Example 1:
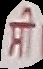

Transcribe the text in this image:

ਸੀ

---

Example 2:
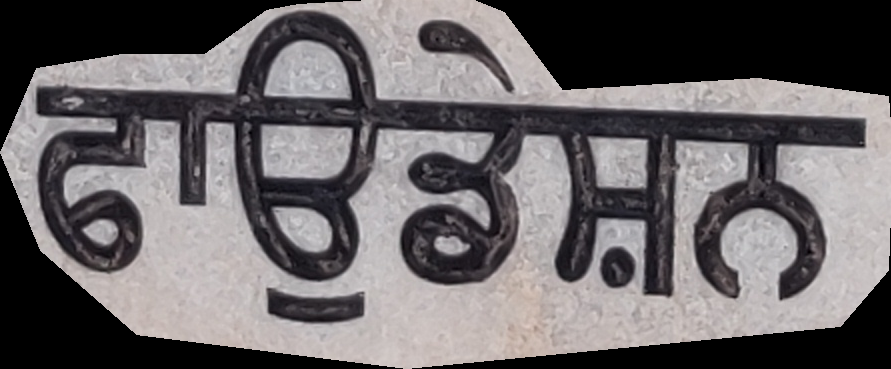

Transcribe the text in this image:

ਫਾਉਡੇਸ਼ਨ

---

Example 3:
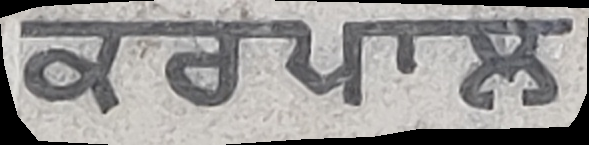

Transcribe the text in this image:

ਕਰਪਾਲ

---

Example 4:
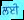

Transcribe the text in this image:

ਲਈ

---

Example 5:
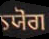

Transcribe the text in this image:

ਨਯੋਗ